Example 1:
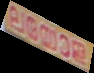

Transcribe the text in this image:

ലഭയജെ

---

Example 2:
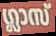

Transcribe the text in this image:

ഗ്ലാസ്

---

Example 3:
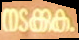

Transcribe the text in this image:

നടക്കുക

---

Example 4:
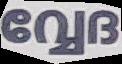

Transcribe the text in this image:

വ്വേദ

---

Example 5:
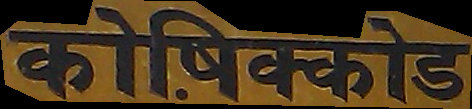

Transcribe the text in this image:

നിഘണ്ട